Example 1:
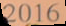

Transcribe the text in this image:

2016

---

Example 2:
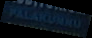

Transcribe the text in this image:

PALAKUNNU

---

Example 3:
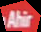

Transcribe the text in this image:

Ahir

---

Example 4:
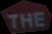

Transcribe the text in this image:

THE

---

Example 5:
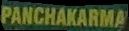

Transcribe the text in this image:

PANCHAKARMA